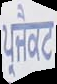
ਪ੍ਰਜੈਕਟ